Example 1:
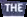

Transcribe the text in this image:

THE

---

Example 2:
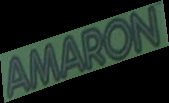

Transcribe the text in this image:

AMARON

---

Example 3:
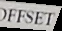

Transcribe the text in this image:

OFFSET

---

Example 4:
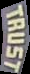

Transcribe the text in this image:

TRUST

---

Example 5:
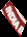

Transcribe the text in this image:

INDIA